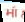
मां